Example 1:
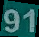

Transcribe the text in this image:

91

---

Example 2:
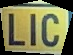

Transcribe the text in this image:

LIC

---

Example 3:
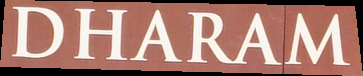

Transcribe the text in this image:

DHARAM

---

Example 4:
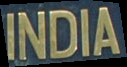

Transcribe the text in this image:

INDIA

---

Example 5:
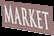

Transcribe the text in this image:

MARKET